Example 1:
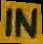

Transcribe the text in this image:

IN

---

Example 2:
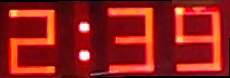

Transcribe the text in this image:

2:39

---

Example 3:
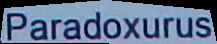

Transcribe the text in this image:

Paradoxurus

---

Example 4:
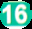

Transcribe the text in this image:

16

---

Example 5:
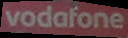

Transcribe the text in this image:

vodafone